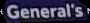
General